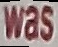
was